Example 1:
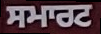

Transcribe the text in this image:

ਸਮਾਰਟ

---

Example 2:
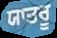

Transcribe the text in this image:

ਯਾਤਰੂ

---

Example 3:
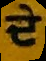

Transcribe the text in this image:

ਦੇ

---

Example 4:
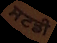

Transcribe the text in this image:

ਸਟਡੀ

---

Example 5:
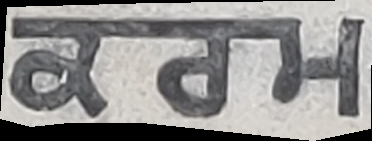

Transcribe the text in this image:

ਕਰਮ